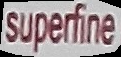
superfine